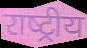
राष्ट्रीय